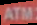
ATM